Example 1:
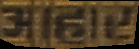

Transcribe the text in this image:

आहार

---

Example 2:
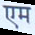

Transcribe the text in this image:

एम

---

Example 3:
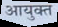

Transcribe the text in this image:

आयुक्त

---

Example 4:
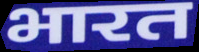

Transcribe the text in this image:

भारत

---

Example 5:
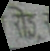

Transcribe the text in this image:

रोड,